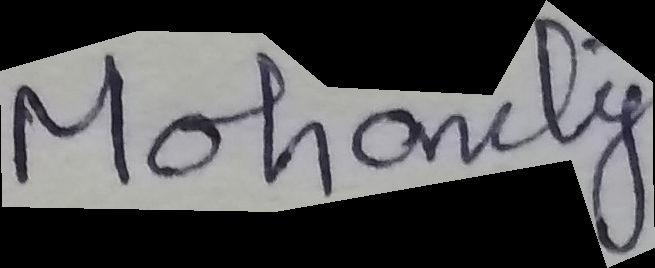
Mohondy